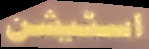
استیشن